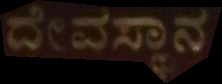
ದೇವಸ್ಥಾನ